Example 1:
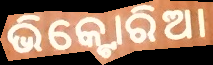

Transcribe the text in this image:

ଭିକ୍ଟୋରିଆ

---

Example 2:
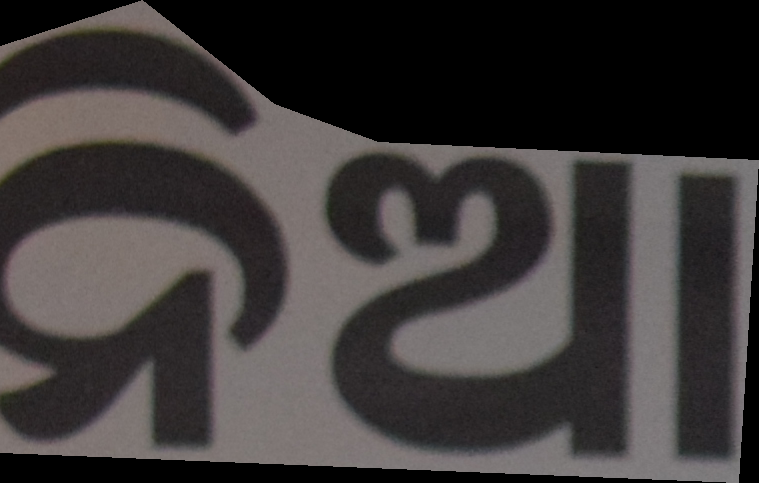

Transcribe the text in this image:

ନିଆ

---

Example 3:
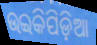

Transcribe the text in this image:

ଉଇକିପିଡ଼ିଆ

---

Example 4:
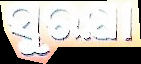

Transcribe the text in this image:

ସୁରଯା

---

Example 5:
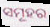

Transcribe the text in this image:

ସମୂହର